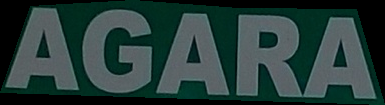
AGARA